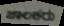
ಚಾಲಕರು